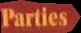
Parties